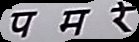
प म रे